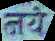
नये